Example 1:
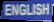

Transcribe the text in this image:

ENGLISH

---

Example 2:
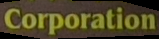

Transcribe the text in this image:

Corporation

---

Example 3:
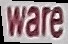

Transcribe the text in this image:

ware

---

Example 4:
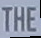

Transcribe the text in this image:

THE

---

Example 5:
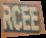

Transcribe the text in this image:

RCEE